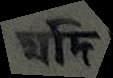
যদি